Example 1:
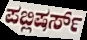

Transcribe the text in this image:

ಪಜ್ಲಷರ್ಸ್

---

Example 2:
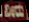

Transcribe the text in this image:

ವಿಂದು1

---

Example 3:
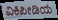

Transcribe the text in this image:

ಏಕಿಪೀಡಿಯ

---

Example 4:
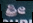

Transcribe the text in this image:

ಶ್ರೀ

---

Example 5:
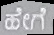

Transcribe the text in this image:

ಹೇಗ